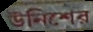
উনিশের